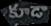
కూడా